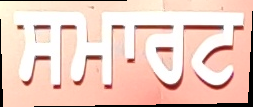
ਸਮਾਰਟ